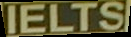
IELTS